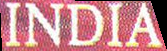
INDIA